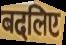
बदलिए